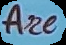
Are